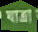
যাত্রা